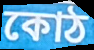
কোঠ